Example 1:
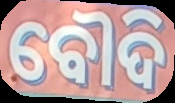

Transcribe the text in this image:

ବୌଦି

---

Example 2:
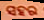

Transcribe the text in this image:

ସହର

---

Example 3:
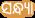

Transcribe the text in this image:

ସନ୍ଧ୍ୟା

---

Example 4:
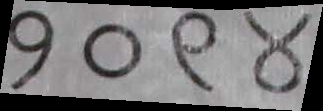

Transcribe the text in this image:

୨୦୧୪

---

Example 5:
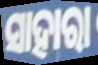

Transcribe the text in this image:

ସାହାରା